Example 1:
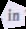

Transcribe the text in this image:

in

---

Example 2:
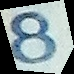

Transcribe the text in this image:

8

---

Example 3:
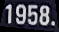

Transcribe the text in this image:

1958.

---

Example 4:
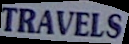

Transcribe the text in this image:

TRAVELS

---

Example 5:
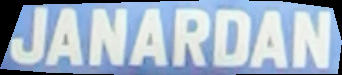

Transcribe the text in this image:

JANARDAN